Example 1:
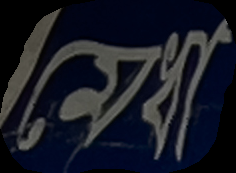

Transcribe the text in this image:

মেধা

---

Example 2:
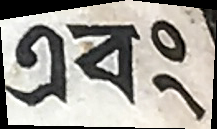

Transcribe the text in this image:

এবং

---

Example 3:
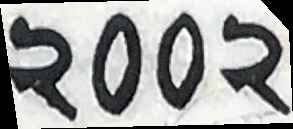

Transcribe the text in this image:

২০০২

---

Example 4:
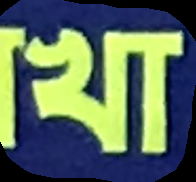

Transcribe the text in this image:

খা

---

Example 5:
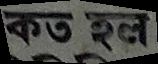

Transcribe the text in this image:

কত় হল